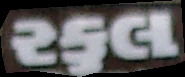
રકુલ